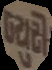
ખ્યુરી